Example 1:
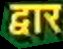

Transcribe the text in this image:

द्वार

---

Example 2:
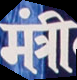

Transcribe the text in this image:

मंत्री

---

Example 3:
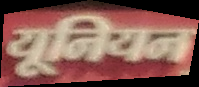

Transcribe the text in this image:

यूनियन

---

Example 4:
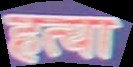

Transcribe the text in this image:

हत्या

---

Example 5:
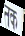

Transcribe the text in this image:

तक